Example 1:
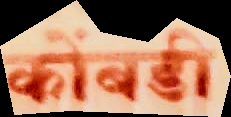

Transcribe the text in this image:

कोंबडी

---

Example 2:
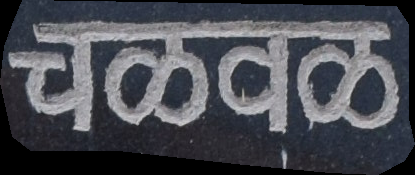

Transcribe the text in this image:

चळवळ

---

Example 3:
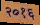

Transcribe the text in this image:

२०१६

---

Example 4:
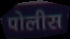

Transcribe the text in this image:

पोलीस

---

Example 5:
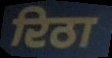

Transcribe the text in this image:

रिठा